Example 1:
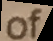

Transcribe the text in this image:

of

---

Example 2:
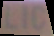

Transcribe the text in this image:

LIC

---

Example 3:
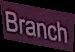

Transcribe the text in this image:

Branch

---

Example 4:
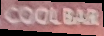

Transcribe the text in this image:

COOLBAR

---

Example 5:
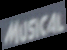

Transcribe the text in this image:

MUSICAL